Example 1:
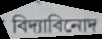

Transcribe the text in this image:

বিদ্যাবিনোদ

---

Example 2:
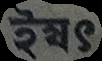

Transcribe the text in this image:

ইষৎ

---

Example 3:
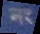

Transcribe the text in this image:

নং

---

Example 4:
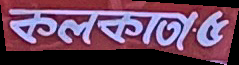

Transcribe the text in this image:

কলকাজ৫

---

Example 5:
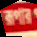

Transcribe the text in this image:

প্রকার